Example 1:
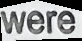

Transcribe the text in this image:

were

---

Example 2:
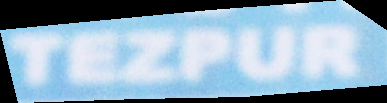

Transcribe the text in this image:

TEZPUR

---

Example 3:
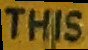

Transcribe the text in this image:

THIS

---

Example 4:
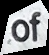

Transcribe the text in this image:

of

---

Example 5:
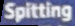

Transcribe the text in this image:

Spitting